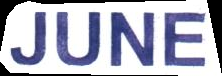
JUNE